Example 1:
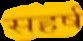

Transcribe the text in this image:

सहर्ष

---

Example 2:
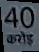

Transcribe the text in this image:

40 करोड़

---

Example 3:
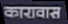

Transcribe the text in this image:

कारावास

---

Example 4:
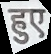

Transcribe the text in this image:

हुए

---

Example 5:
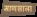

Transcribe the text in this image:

माणसाला